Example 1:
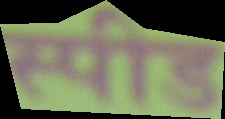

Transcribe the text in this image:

स्‍पीड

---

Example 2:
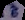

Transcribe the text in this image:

है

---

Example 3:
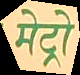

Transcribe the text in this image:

मेट्रो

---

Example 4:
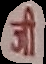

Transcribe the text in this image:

जी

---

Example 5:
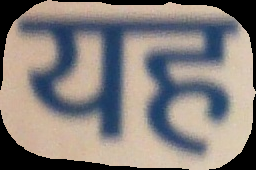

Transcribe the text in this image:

यह